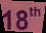
18th